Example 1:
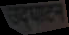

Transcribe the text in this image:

उद्घाटन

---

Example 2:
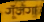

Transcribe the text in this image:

गूंजेगा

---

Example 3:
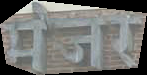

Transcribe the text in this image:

मेजर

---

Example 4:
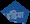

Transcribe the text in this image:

इंडिया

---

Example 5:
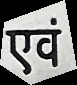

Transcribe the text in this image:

एवं